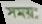
সময়ঃ